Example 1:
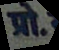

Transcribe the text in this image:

प्रो.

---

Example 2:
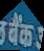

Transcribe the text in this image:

बैंक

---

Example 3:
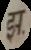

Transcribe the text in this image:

झ.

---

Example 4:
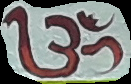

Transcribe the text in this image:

ॐ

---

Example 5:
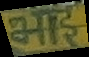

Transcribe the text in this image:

भाई